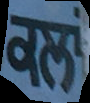
ਕਲਾ